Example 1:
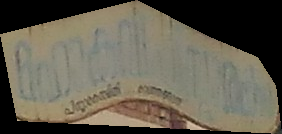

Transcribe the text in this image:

മഹാകവി 'പി' സ഼മാരക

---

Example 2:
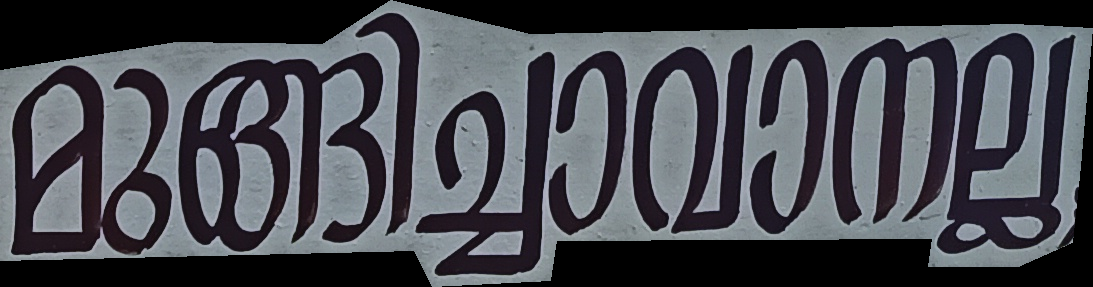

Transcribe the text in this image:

മുങ്ങിച്ചാവാനല്ല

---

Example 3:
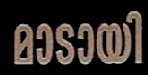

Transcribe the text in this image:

മാടായി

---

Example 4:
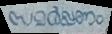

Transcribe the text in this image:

സമർജ്ജം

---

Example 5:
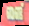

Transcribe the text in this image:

രങ്